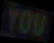
YOU